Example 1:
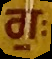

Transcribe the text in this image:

ਗੁਃ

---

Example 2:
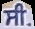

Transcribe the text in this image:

ਸੀ.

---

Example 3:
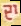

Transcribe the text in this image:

ਦਾ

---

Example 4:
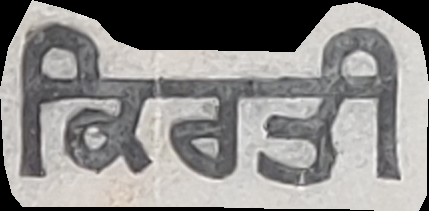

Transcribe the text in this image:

ਕਿਰਤੀ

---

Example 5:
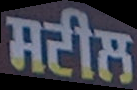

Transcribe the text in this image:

ਸਟੀਲ